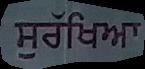
ਸੁਰਖਿਆ